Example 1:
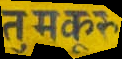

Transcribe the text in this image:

तुमकूरु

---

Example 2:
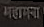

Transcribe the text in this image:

महामया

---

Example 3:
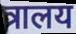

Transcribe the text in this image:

त्रालय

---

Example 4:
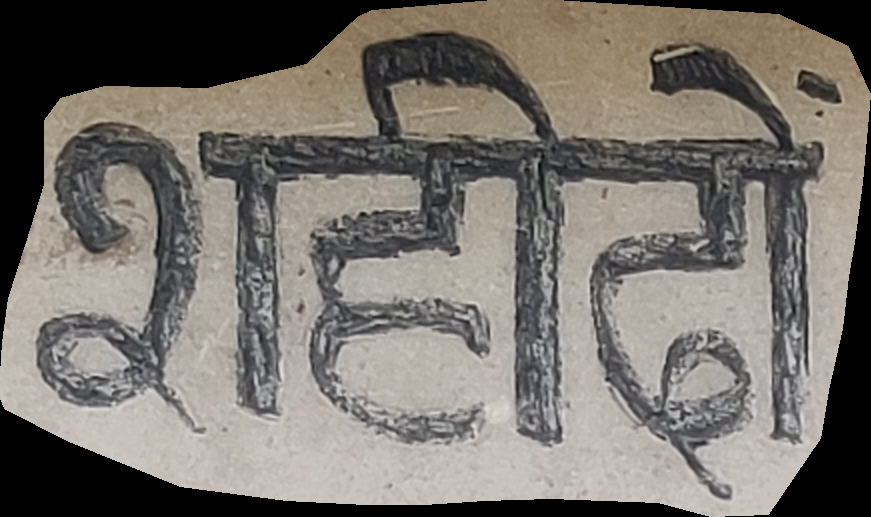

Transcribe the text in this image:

शहीदों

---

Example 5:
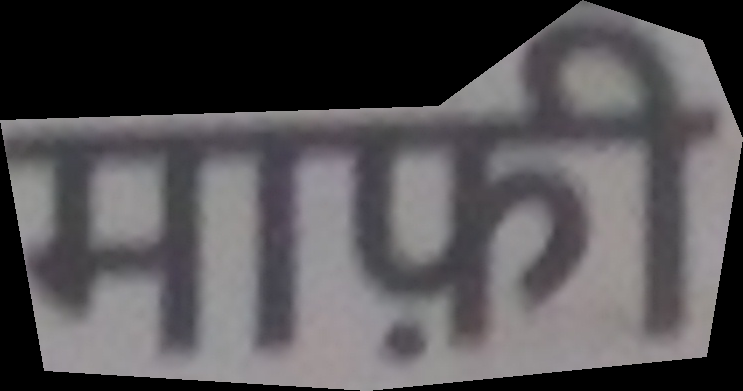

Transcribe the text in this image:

माफ़ी